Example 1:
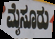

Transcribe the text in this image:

ಮೈಸೂರು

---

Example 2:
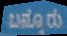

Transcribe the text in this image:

ಬನ್ನೂರು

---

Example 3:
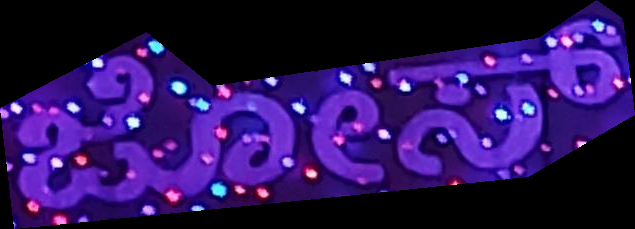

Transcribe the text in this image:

ಜೋಸ್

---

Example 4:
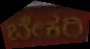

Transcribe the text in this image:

ಬೇಕರಿ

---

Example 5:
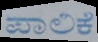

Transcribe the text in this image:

ಪಾಲಿಕೆ